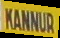
KANNUR